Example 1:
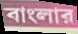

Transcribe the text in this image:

বাংলার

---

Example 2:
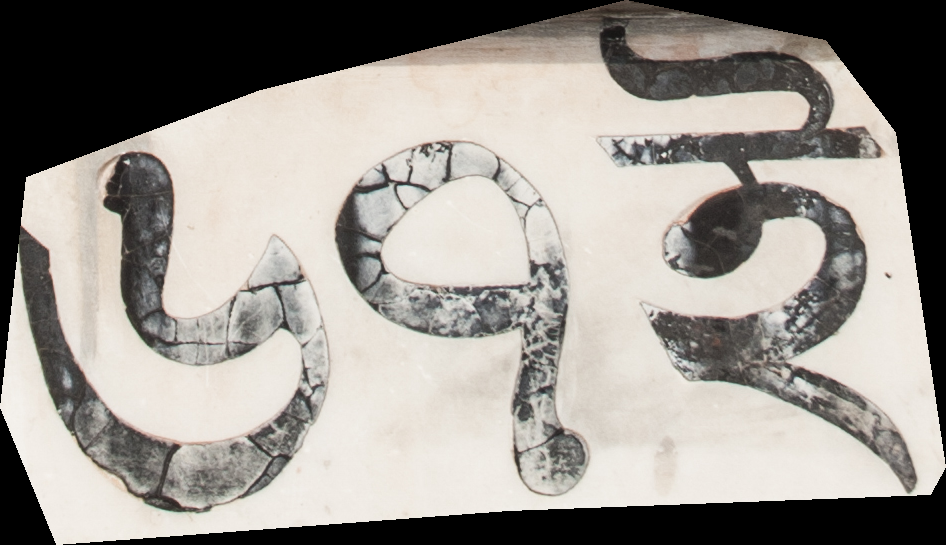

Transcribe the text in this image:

৬৭ই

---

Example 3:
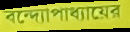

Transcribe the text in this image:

বন্দ্যোপাধ্যায়ের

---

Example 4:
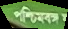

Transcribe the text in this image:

পশ্চিমবঙ্গ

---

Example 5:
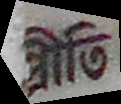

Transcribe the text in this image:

গ্রীতি